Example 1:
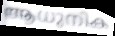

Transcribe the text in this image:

ആധുനിക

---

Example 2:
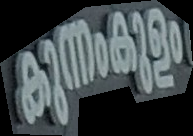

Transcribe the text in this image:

കുന്നംകുളം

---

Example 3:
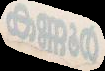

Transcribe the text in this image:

കജൂർ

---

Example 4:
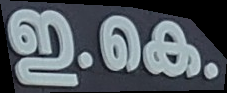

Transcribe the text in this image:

ഇ.കെ.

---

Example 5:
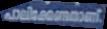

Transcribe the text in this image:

പാലിക്കേണതാണ്.